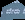
ಬೇರು